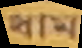
ধাম